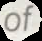
of